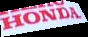
HONDA